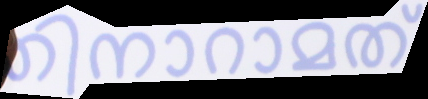
ഗിനാറാമത്